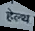
हेल्थ